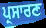
ਪ੍ਰਸਾਰਣ